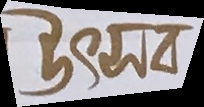
উৎসব